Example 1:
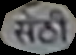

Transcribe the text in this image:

सेठी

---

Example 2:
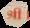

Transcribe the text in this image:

श्री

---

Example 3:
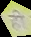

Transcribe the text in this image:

ही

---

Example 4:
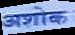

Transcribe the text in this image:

अशोक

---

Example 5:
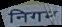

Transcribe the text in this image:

निगम